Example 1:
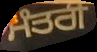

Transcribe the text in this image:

ਮੰਤਰੀ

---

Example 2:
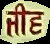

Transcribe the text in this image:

ਜੀਵ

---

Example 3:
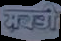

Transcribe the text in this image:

ਸਕਤੀ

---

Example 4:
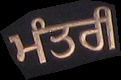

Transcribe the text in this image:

ਮੰਤਰੀ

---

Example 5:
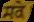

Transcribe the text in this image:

ਸਕੇ